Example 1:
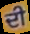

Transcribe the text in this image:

ਦੀ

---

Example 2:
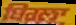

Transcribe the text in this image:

ਬਿਰਲਾ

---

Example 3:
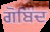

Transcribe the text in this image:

ਗੋਬਿੰਦ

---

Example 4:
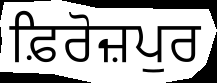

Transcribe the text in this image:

ਫ਼ਿਰੋਜ਼ਪੁਰ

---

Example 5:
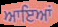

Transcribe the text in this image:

ਆਇਆਂ